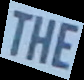
THE